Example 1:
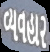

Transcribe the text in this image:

વ્યવહાર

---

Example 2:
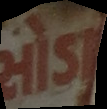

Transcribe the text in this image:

સોડા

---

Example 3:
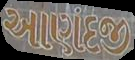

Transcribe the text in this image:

આણંદજી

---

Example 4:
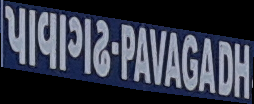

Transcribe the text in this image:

પાવાગઢ-PAVAGADH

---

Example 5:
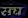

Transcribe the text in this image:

સંઘ